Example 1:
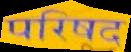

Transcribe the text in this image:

परिषद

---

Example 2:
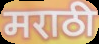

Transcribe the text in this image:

मराठी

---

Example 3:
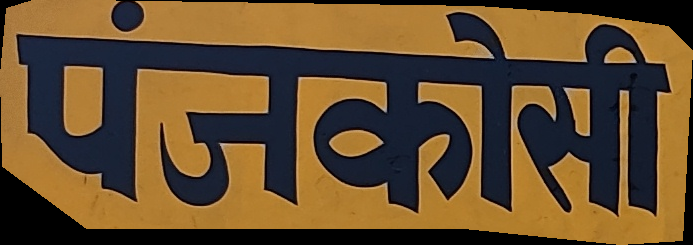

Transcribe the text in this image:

पंजकोसी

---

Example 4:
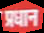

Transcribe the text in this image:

प्रधान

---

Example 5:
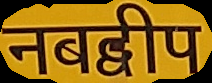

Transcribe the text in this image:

नबद्वीप